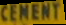
CEMENT